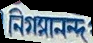
নিগম্বানন্দ